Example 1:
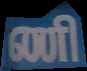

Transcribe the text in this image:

ணி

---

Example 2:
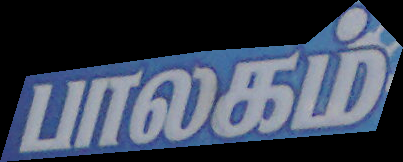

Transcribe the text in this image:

பாலகம்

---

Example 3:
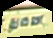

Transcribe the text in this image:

துகன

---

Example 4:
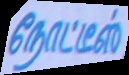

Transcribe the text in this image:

நோட்டீஸ்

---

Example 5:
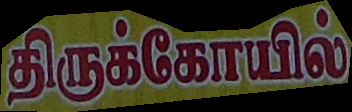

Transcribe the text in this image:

திருக்கோயில்